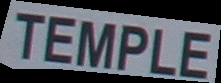
TEMPLE